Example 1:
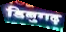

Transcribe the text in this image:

डिबुगढ़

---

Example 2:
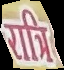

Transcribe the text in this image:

रात्रि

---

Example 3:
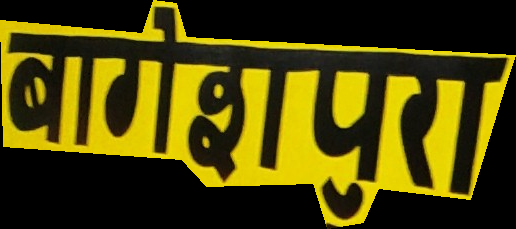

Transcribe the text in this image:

बागेशपुरा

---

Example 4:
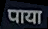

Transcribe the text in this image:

पाया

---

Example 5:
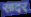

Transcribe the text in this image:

सादर